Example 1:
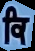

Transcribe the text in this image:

ਕਿ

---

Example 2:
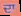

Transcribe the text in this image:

ਦਾ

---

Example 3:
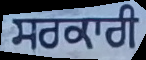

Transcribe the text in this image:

ਸਰਕਾਰੀ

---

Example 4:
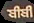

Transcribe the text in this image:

ਬੀਬੀ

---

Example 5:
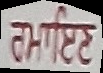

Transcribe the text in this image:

ਰਮਾਇਣ